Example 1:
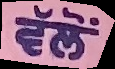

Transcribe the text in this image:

ਵੱਲੋਂ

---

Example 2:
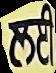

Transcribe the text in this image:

ਲਈ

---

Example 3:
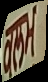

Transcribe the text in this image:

ਕਲਮ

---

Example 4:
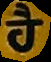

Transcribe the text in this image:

ਹੈ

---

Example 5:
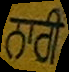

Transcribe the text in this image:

ਨਾਈ